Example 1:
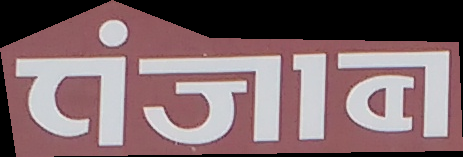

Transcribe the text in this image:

पंजाब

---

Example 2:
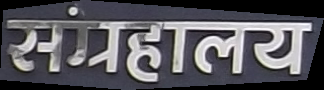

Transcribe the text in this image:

संग्रहालय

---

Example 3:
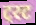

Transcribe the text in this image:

ट्रस्ट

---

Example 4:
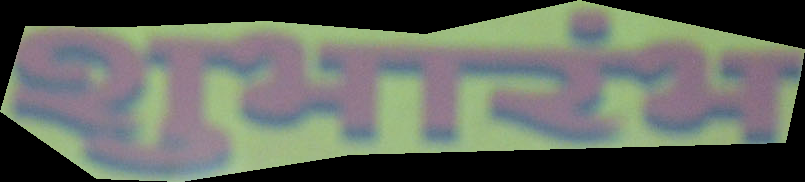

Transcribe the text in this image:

शुभारंभ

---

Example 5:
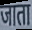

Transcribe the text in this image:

जाता